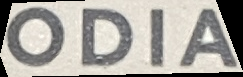
ODIA